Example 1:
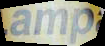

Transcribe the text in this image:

amp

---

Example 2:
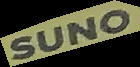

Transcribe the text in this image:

SUNO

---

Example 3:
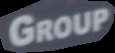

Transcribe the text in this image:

GROUP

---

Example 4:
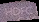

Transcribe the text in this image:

HDFC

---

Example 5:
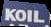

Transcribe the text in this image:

KOIL